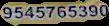
9545765390